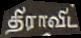
திராவிட